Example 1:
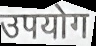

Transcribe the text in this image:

उपयोग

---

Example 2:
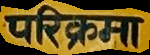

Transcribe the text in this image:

परिक्रमा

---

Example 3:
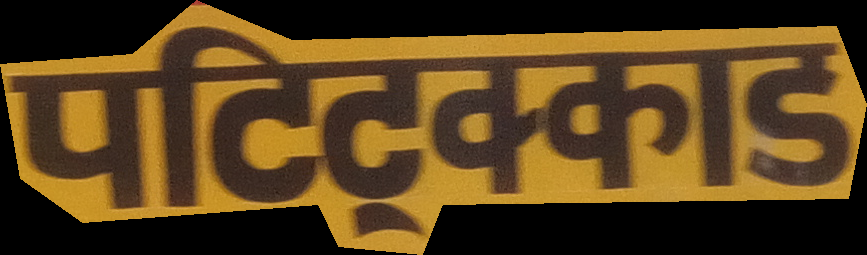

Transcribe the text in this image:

पटिट्क्काड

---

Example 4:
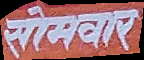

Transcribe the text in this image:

सोमवार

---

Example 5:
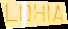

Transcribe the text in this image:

ट्राइट